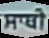
ਸਾਥੀ